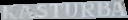
KASTURBA